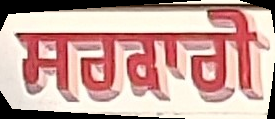
ਸਰਕਾਰੀ